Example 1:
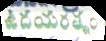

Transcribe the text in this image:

ఉదయరత్నం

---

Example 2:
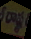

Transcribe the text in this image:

రాష్ట్ర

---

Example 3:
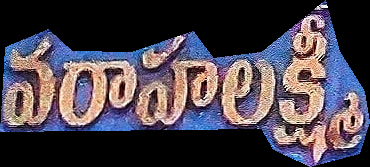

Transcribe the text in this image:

వరాహలక్ష్మీ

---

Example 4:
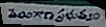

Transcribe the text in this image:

తెలంగాణ ప్రభుత్వం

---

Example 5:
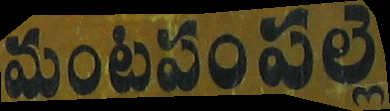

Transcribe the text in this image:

మంటపంపల్లె